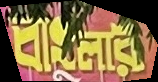
বাংলার